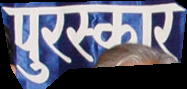
पुरस्कार